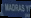
MADRASY